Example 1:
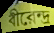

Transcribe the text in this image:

বীরেন্দ্র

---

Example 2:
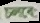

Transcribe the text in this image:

চলবে:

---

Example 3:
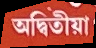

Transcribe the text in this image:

অদ্বিতীয়া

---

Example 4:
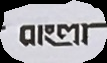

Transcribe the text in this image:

বাংলা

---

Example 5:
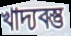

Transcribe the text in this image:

খাদ্যবস্তু